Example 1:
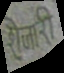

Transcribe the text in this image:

शेजारी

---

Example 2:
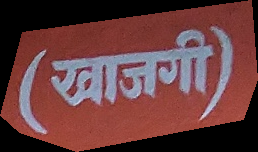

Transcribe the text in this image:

(खाजगी)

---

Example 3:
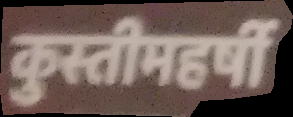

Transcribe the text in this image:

कुस्तीमहर्षी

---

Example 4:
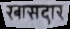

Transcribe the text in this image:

खासदार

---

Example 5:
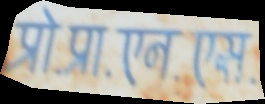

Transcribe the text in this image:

प्रो.प्रा.एन.एस.